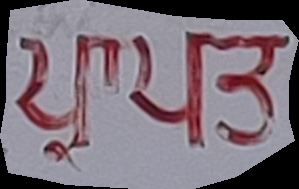
ਪ੍ਰਾਪਤ